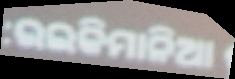
ଉଇକିମାନିଆ